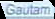
Gautam